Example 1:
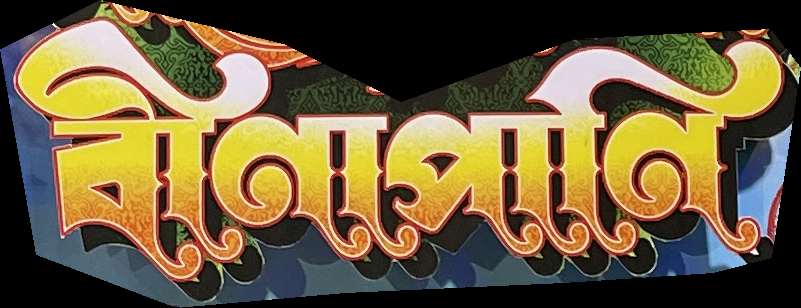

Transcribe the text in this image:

বীনাপানি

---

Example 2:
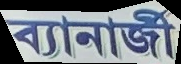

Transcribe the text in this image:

ব্যানার্জী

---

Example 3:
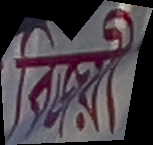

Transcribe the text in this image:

বিজয়ী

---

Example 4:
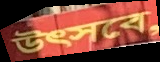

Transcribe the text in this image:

উৎসবে,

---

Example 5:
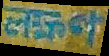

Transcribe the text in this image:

লক্ষণ